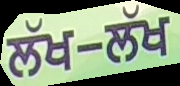
ਲੱਖ-ਲੱਖ